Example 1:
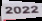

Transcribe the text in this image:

2022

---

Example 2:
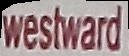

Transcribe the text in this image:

westward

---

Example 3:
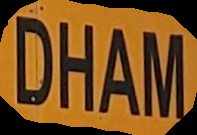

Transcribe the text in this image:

DHAM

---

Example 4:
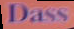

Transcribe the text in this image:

Dass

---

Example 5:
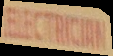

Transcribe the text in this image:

ELECTRICIAN